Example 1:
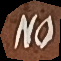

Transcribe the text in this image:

NO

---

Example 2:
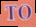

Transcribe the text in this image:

TO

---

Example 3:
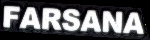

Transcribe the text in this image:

FARSANA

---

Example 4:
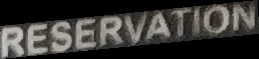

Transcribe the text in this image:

RESERVATION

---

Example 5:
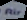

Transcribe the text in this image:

Air